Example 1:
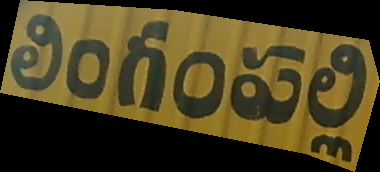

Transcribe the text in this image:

లింగంపల్లి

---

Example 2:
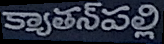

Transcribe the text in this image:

క్యాతన్పల్లి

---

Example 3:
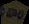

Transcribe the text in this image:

వాల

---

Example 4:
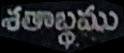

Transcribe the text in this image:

శతాబ్థము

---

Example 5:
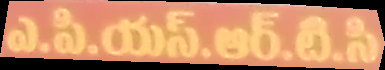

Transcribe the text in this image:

ఎ.పి.యస్.ఆర్.టి.సి